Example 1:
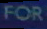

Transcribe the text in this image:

FOR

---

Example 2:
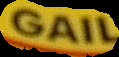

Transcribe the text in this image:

GAIL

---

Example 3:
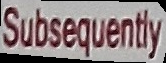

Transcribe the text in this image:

Subsequently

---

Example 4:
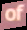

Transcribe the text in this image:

of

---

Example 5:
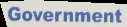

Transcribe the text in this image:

Government